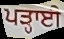
ਪੜ੍ਹਾਈ